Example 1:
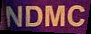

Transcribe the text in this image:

NDMC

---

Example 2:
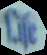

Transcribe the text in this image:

Life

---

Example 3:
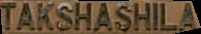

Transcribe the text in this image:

TAKSHASHILA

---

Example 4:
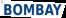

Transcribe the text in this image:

BOMBAY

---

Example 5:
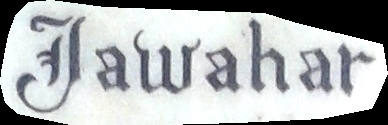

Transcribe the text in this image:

Jawahar